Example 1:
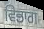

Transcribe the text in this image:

ਵਿਭਾਗ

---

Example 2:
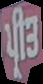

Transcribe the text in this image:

ਪ੍ਰੀਤ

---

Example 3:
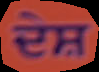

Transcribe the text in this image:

ਦੇਸ਼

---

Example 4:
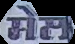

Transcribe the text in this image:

ਸੇਲ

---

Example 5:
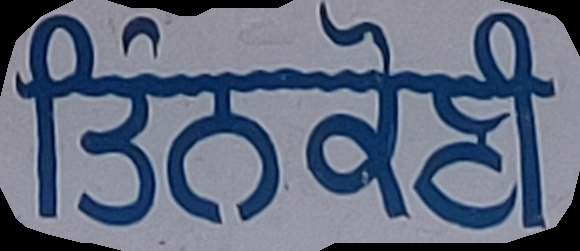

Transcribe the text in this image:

ਤਿੰਨਕੋਈ